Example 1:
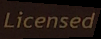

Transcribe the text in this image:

Licensed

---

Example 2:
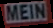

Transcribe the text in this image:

MEIN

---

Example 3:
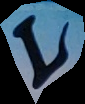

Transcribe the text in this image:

L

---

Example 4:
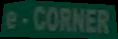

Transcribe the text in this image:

e-CORNER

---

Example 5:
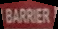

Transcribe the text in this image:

BARRIER